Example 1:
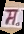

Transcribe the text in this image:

म.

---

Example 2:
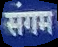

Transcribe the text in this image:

संगम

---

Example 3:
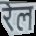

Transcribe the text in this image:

रेल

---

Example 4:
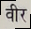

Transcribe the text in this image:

वीर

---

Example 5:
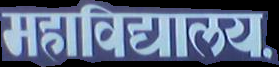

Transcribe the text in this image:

महाविद्यालय.